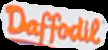
Daffodil